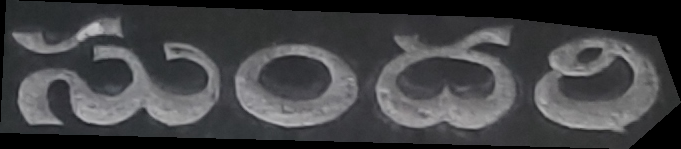
సుందరి